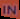
IN